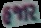
હજાર